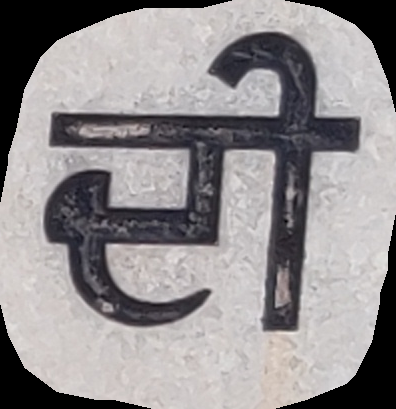
ਦੀ